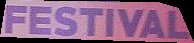
FESTIVAL